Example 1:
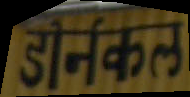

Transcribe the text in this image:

डोर्नकल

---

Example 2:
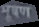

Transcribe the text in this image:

भूषण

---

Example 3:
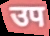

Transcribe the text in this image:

उप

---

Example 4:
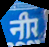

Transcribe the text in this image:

नीर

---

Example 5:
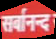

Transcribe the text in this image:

सर्वानन्द